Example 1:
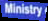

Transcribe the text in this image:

Ministry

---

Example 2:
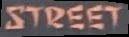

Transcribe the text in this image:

STREET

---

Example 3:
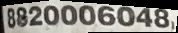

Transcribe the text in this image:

8820006048,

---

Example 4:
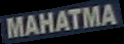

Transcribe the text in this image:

MAHATMA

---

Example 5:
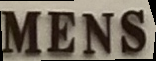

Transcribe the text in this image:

MENS